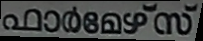
ഫാർമേഴ്‌സ്